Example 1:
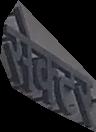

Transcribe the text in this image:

सेक्टर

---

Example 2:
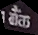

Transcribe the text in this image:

बैंक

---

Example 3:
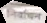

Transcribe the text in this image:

निर्वाचन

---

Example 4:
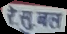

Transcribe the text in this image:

रे.सु.बल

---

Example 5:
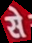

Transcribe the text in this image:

से